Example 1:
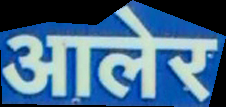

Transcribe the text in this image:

आलेर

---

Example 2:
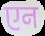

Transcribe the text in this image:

एन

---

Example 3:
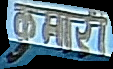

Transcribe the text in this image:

कुमारी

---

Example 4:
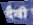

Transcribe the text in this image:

देवी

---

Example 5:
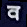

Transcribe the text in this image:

व